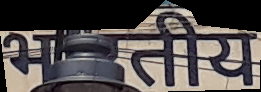
भारतीय